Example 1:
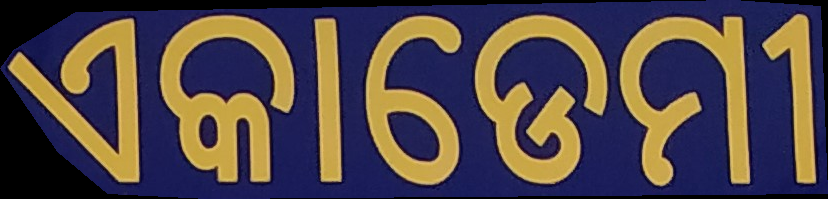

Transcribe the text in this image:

ଏକାଡେମୀ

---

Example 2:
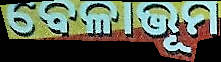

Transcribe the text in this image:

ବେଳାଭୂମ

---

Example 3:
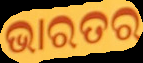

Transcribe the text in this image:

ଭାରତର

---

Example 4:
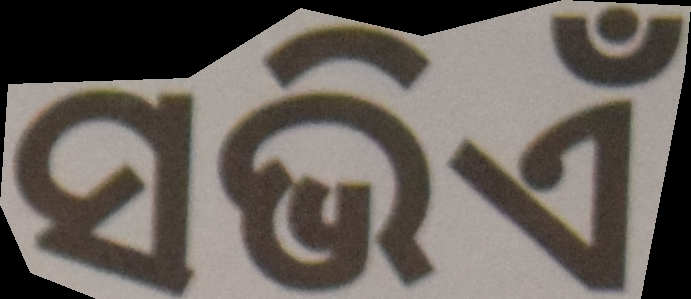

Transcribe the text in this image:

ସଭିଏଁ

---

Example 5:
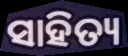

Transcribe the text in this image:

ସାହିତ୍ୟ